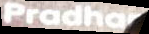
Pradhar